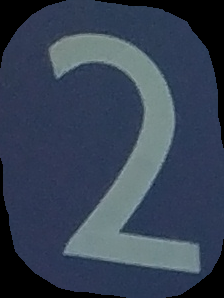
2